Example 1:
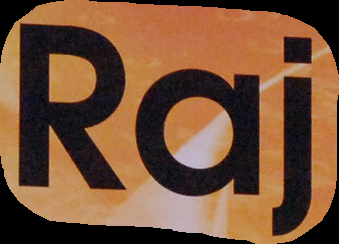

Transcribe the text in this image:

Raj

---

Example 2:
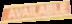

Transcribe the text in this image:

AVAILABLE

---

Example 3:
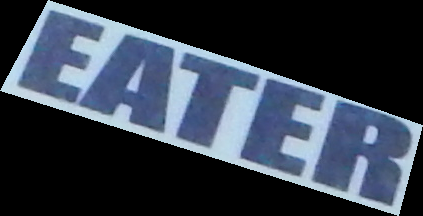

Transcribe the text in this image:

EATER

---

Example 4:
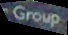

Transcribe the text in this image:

Group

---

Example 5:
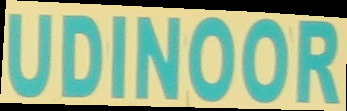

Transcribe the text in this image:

UDINOOR